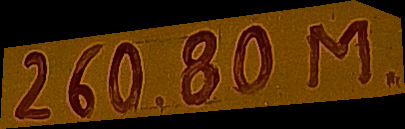
260.80M.